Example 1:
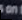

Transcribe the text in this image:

on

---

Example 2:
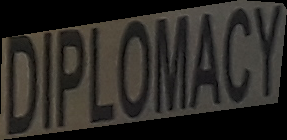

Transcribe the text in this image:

DIPLOMACY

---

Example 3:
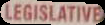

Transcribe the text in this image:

LEGISLATIVE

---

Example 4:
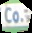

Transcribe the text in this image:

Co.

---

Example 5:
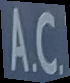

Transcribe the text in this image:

A.C.